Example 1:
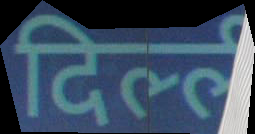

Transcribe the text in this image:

दिल्ली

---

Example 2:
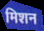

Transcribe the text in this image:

मिशन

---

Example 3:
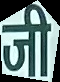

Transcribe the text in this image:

जी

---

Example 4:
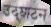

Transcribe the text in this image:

उद्घाटन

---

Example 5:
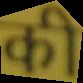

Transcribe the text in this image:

की